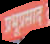
प्रभूप्रसाद